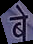
बे